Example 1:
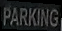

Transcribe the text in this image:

PARKING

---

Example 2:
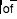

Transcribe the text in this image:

of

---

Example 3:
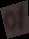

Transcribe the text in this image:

of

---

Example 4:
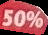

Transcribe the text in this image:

50%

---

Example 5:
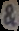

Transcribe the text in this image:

&